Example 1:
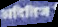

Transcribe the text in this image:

अदितिज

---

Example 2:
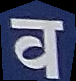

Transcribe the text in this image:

व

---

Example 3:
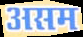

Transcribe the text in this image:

असम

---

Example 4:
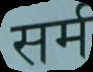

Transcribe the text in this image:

सर्म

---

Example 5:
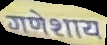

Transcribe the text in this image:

गणेशाय